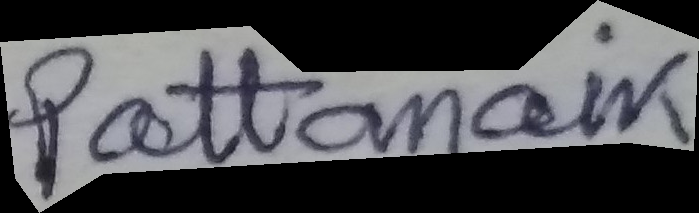
Pattanaik